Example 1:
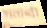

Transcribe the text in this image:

शताब्दी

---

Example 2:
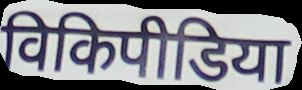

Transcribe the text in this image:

विकिपीडिया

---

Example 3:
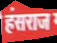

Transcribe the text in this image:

हंसराज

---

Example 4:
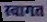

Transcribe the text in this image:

स्वागत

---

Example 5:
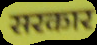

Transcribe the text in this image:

सरकार